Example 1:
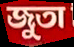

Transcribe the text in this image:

জুতা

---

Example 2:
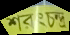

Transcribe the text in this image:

শরংচন্ত্র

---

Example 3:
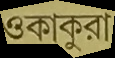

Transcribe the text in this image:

ওকাকুরা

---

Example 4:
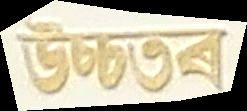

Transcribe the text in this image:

উচ্চতৰ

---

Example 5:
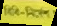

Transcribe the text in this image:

বিধি-নির্দেশ